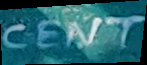
CENT